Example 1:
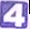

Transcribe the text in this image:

4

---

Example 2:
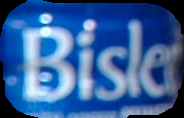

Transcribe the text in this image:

Bisle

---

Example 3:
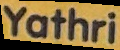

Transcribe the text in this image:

Yathri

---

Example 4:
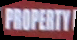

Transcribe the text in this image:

PROPERTY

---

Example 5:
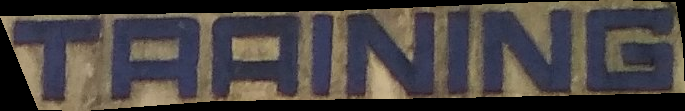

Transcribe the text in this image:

TRAINING